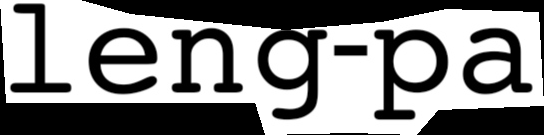
leng-pa